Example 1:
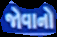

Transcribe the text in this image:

જોવાનો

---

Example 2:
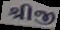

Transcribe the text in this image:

શ્રીજી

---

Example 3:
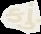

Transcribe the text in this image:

કાું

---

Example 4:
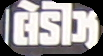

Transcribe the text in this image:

લેડીઝ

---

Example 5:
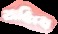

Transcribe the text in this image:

સાહિત્ય